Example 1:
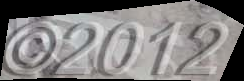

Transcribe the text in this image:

©2012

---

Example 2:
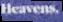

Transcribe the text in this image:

Heavens.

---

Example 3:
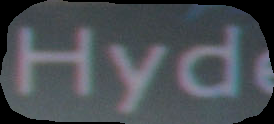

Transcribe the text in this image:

Hyd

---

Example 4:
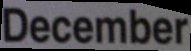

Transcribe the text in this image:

December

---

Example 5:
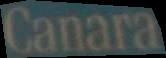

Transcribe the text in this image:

Canara